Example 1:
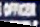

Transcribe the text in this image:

OFFICER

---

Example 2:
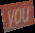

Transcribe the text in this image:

you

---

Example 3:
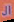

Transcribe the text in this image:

JI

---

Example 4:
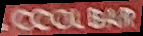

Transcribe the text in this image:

COOLBAR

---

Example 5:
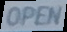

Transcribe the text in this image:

OPEN